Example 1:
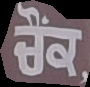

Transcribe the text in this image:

ਚੌਂਕ,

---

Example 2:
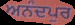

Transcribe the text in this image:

ਅਨੰਦਪੁਰ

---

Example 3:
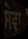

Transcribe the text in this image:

ਸੇਵਾ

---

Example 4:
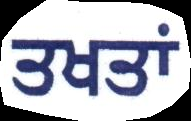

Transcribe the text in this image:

ਤਖਤਾਂ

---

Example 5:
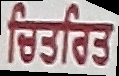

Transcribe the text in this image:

ਚਿਤਰਿਤ